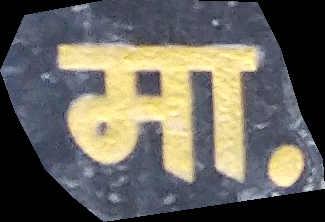
मा.